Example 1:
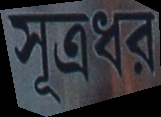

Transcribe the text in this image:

সূত্রধর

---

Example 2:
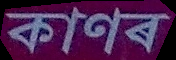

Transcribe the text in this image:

কাণৰ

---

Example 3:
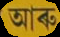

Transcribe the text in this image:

আৰু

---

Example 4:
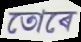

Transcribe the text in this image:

তোকে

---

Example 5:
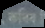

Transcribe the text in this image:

কবিব